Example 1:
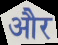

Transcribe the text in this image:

और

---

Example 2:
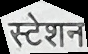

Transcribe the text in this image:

स्टेशन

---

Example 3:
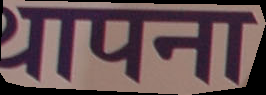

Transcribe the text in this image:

थापना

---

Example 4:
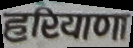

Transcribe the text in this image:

हरियाणा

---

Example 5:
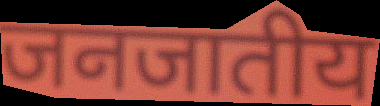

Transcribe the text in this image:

जनजातीय